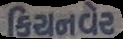
કિયનવેર